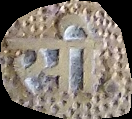
सी